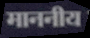
माननीय